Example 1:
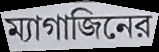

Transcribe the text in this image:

ম্যাগাজিনের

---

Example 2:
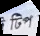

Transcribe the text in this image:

টিপ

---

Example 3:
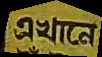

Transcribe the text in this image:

এখানে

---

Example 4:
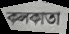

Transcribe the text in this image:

কলকাতা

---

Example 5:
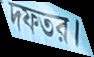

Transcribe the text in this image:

দফতর।